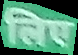
लिए